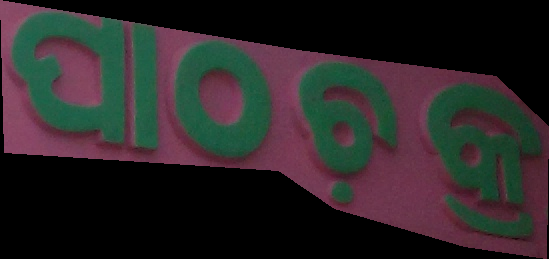
ପାଠଚ଼କ୍ର